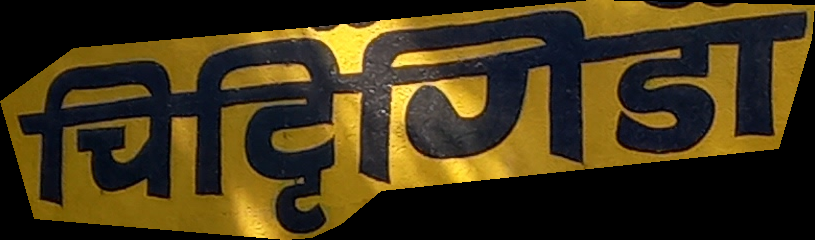
चिट्टिगिडा